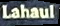
Lahaul